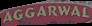
AGGARWAL